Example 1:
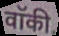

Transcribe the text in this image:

वॉकी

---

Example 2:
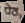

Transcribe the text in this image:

पेठ,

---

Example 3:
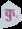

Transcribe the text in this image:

कु.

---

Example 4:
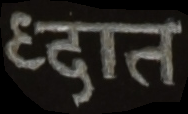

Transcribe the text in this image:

ध्दात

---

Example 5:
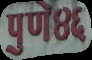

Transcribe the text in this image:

पुणे४६